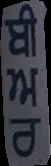
ਬੀਅਰ